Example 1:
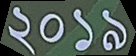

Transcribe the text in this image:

২০১৯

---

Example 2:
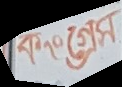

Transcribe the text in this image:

কংগ্রেস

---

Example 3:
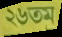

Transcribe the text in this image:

২৬তম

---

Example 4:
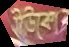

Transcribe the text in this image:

ইউকো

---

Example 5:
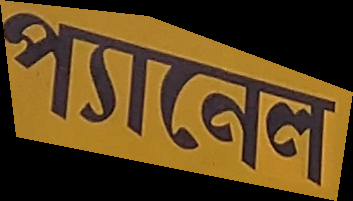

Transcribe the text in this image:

প্যানেল